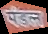
मंडल